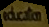
education